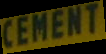
CEMENT